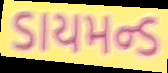
ડાયમન્ડ